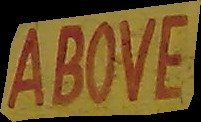
ABOVE